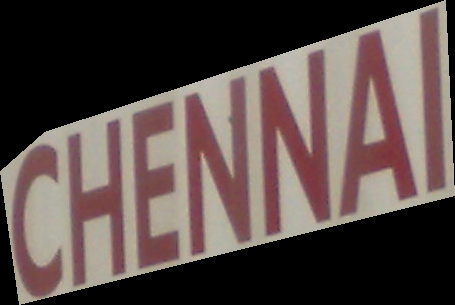
CHENNAI